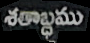
శతాబ్ధము